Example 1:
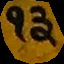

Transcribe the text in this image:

੧੩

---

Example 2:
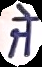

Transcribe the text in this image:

ਜੇ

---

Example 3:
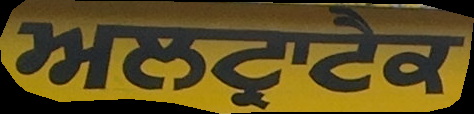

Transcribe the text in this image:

ਅਲਟ੍ਰਾਟੈਕ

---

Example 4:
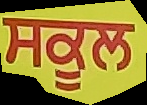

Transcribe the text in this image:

ਸਕੂਲ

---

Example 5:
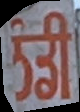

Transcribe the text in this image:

ਤੰਡੀ